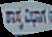
ಶಾಸ್ತ್ರವಿಭಾಗ